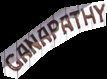
GANAPATHY